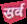
सर्व